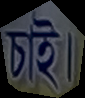
চাই৷